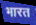
भारत